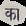
का